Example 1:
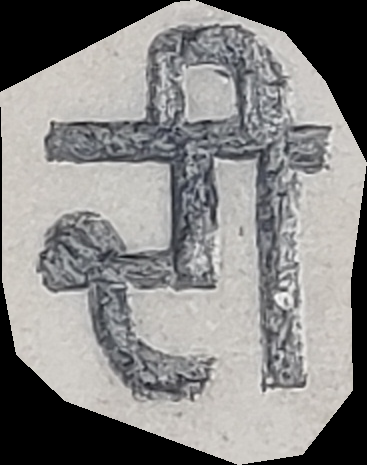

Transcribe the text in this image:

ਦੀ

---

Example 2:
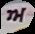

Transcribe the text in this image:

ਅ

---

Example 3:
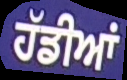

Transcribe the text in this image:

ਹੱਡੀਆਂ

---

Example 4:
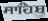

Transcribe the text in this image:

ਸਾਹਿਬ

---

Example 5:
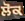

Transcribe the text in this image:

ਲੋਕ